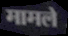
मामले